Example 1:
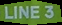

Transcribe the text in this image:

LINE3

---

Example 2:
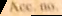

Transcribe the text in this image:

Acc.no.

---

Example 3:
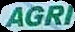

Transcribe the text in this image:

AGRI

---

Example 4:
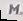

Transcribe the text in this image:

M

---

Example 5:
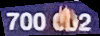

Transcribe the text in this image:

700002